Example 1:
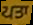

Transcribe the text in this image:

ਪਤਾ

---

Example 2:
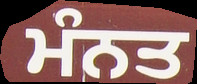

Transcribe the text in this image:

ਮੰਨਤ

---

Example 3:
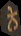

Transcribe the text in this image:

ਨੇ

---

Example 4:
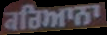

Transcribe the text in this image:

ਕਰਿਆਨਾ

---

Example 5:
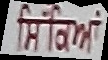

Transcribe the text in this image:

ਸਿੱਕਿਆਂ